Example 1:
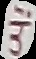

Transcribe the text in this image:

ਤੋਂ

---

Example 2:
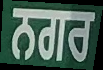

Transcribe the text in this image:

ਨਗਰ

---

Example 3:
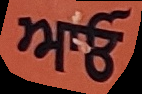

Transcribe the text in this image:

ਆਓ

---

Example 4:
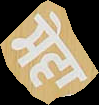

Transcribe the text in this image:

ਸੇਵਾ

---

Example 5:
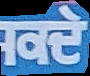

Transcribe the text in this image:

ਕਦੇ